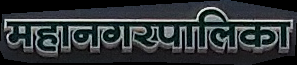
महानगरपालिका